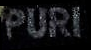
PURI